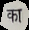
का